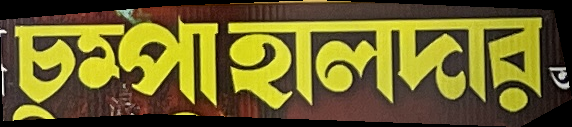
চম্পা হালদার